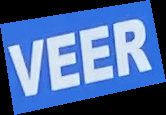
VEER